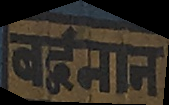
बर्द्वमान